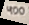
५00